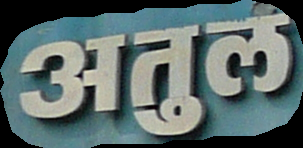
अतुल